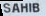
SAHIB